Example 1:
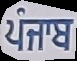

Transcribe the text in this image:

ਪੰਜਾਬ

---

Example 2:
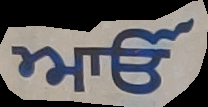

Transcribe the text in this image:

ਆਓ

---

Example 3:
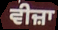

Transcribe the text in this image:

ਵੀਜ਼ਾ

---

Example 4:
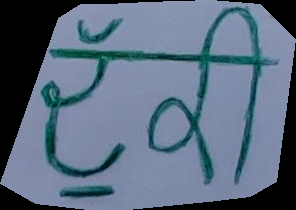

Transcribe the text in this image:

ਦੁੱਕੀ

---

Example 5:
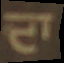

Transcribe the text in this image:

ਦਾ